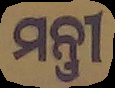
ମନ୍ତ୍ରୀ